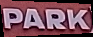
PARK